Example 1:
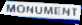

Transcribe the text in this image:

MONUMENT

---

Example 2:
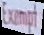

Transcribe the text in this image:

Exempt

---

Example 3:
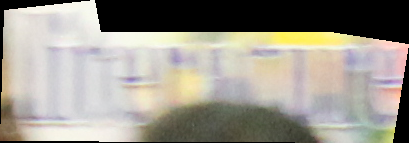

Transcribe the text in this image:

literature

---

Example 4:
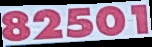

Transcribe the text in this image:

82501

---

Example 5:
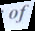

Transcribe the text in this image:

of